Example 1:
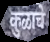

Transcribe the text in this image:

कुळाचे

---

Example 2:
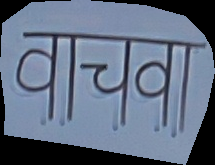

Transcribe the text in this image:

वाचवा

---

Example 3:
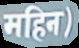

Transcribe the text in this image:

महिन)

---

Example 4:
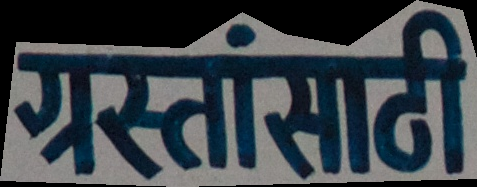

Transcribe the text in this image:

ग्रस्तांसाठी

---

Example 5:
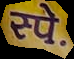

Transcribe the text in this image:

स्पे.